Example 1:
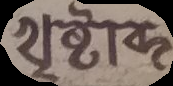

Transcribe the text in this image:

থৃষ্টাব্দ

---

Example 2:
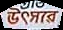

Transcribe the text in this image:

উৎসৱে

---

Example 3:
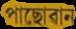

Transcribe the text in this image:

পাছোৱান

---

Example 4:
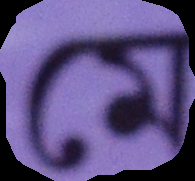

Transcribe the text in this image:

মে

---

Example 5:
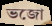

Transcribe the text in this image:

ভজো